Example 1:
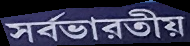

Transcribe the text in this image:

সর্বভারতীয়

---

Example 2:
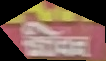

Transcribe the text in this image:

জীবন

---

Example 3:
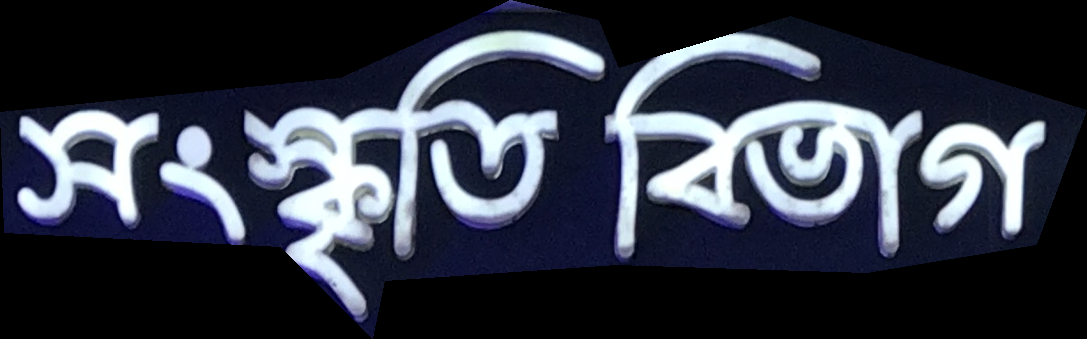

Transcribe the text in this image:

সংস্কৃতি বিভাগ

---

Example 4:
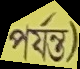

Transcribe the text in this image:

পর্যন্ত)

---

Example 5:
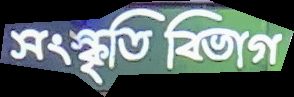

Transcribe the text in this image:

সংস্কৃতি বিভাগ